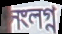
সংলগ্ন